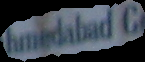
hmedabadC